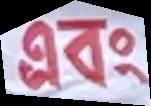
এবং